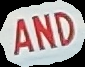
AND